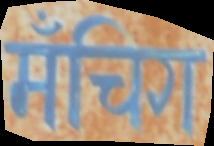
मँचिग